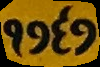
੧੭੬੭